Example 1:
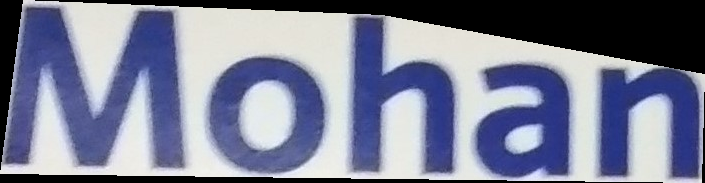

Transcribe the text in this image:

Mohan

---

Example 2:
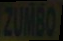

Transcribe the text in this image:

ZUMBO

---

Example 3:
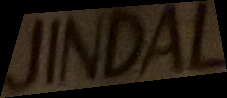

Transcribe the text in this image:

JINDAL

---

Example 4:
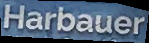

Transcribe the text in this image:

Harbauer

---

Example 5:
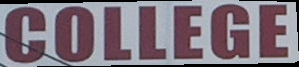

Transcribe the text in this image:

COLLEGE